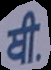
ਬੀ.